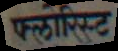
फ्लोरिस्ट